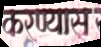
करण्यास